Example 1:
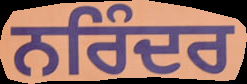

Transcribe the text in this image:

ਨਰਿੰਦਰ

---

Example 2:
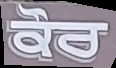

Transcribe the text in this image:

ਕੋਰ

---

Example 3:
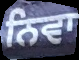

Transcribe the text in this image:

ਨਿਵਾ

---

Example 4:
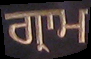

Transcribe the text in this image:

ਗਾूਮ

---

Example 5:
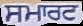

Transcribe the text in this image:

ਸਮਾਰਟ